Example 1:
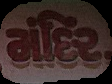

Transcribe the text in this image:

મંદિર.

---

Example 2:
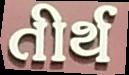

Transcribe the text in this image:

તીર્થ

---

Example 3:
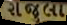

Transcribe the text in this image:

રાજુલા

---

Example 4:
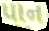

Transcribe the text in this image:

પાન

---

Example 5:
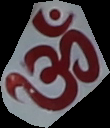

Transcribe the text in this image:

ૐ